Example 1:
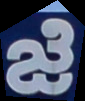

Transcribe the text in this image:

ಜೆ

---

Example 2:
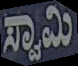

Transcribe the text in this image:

ಸ್ವಾಮಿ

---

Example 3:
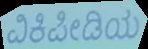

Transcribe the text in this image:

ವಿಕಿಪೀಡಿಯ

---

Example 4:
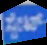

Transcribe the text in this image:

ಸ್ಟೇಟ್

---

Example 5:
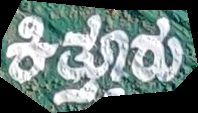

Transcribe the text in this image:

ಕಿತ್ತೂರು